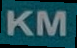
KM